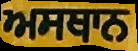
ਅਸਥਾਨ